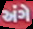
અંગે